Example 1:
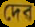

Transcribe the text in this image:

দেৱ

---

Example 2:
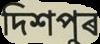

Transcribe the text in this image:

দিশপুৰ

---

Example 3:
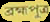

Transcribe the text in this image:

ব্রহ্মপুত্র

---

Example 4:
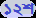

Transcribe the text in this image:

১২শ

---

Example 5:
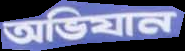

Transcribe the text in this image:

অভিযান